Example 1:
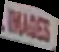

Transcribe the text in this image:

IMAGES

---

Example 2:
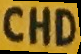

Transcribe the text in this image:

CHD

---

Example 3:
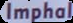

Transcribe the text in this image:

Imphal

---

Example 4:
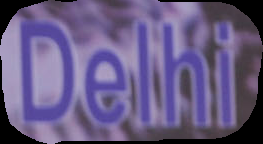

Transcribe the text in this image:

Delhi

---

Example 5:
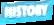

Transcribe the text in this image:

HISTORY